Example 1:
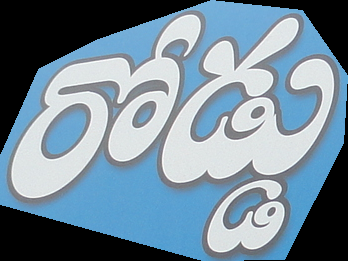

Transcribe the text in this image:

రోడ్డు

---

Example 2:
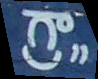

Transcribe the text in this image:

గ్రా,,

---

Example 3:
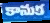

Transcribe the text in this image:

కామక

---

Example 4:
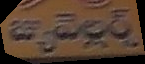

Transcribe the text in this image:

జ్యువెల్లర్స్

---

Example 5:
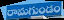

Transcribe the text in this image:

రామగుండం